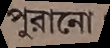
পুরানো